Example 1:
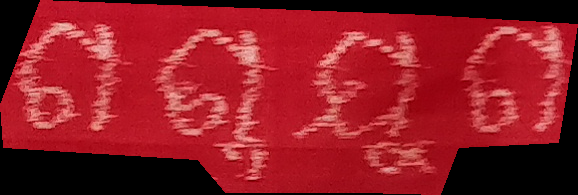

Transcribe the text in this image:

ଗ ଗ୍ବ ଯୁ ଗ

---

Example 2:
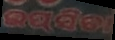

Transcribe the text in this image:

ଇପ୍ ସିଚା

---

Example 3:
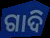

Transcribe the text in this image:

ଗାଦି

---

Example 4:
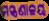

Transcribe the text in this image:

ମନ୍ତ୍ରଣାଳୟ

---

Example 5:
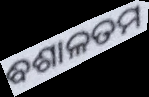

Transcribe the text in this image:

ବଶାଳତମ